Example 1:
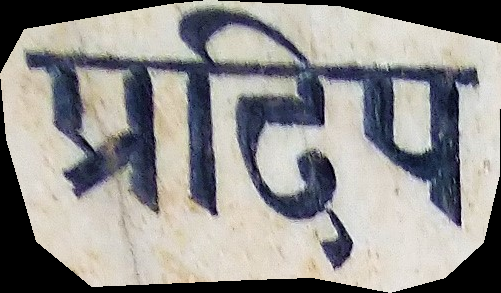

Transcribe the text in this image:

प्रदिप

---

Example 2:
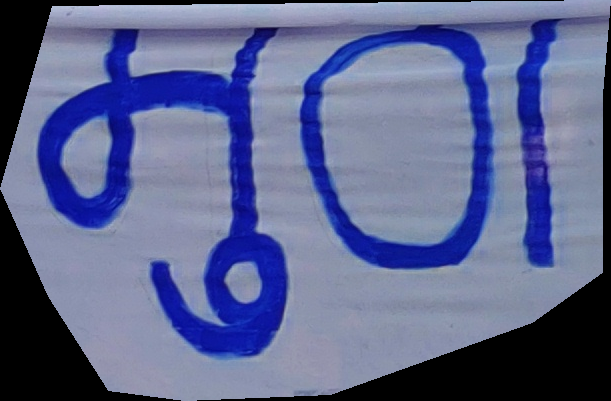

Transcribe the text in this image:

मुण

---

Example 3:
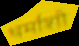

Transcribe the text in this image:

धर्माशी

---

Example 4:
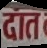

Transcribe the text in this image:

दात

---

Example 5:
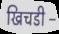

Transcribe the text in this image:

खिचडी-